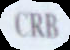
CRB